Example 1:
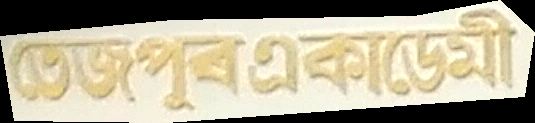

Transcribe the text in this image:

চেজপুৰএকাডেমী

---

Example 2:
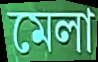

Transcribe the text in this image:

মেলা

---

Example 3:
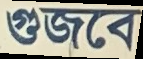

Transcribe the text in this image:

গুজবে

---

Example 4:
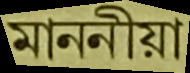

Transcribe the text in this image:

মাননিয়া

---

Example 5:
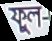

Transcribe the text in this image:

ফুল-